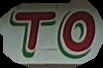
TO